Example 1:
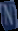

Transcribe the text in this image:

N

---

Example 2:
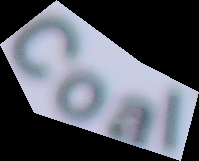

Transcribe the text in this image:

Coal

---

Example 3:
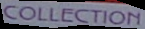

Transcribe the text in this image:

COLLECTION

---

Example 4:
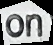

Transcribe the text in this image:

on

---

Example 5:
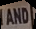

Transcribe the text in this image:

AND